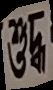
শুদ্ধ